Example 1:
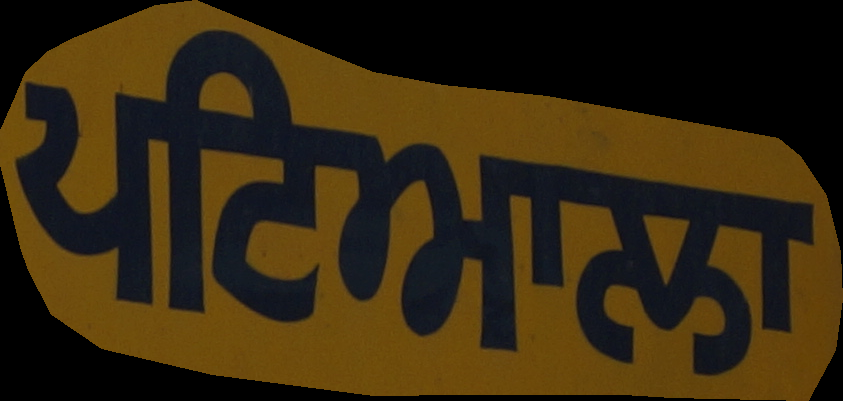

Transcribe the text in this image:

ਪਟਿਆਲਾ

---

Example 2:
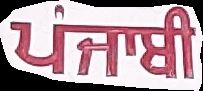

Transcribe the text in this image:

ਪੰਜਬੀ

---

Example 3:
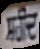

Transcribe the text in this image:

ਸ਼ਹੀਦ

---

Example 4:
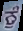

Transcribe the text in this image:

ਨੂੰ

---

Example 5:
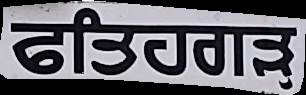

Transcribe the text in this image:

ਫਤਿਹਗੜ੍ਹ